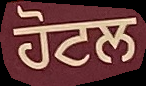
ਹੋਟਲ